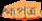
হ্মপত্র